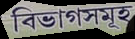
বিভাগসমূহ